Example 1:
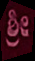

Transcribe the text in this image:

ಶ್ರೀ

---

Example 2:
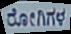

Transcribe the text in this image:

ರೋಗಿಗಳ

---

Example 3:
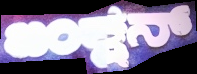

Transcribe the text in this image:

ಅಂಪ್ಷನ್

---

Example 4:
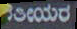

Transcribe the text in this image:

ನೀಯರ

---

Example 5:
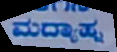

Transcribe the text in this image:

ಮದ್ಯಾಹ್ನ